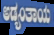
ಅಡ್ಯಂತಾಯ